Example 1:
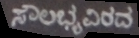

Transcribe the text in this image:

ಸೌಲಭ್ಯವಿರದ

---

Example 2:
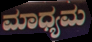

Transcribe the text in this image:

ಮಾಧ್ಯಮ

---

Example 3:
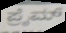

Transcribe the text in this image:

ಪ್ರೈಮ್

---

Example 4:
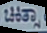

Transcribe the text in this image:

ಚಕಿತ್ಸ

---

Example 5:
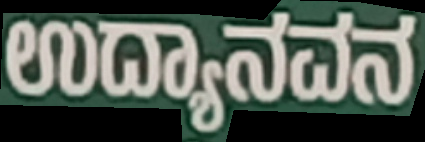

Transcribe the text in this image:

ಉದ್ಯಾನವನ